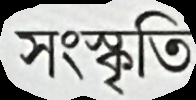
সংস্কৃতি